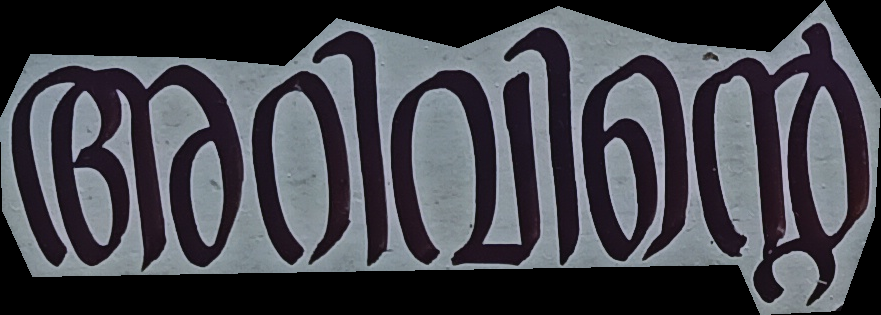
അറിവിൻ്റെ